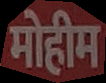
मोहीम